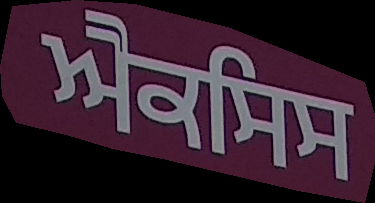
ਐਕਸਿਸ